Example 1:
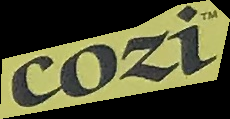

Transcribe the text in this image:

cozi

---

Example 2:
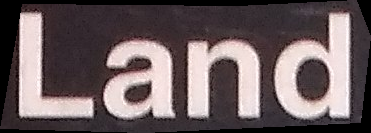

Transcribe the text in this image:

Land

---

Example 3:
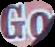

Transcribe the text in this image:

GO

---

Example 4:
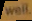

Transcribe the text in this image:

well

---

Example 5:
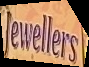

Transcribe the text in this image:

Jewellers